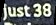
just38